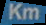
Km